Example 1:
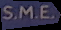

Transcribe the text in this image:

S.M.E.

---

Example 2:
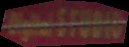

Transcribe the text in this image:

Digital STUDIO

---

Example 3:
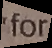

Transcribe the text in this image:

for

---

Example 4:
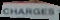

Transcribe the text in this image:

CHARGES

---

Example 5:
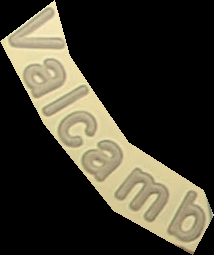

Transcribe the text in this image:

Valcamb